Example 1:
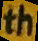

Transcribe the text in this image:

th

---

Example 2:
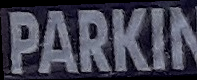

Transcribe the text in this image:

PARKI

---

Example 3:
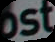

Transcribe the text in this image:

ost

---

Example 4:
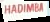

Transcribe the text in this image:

HADIMBA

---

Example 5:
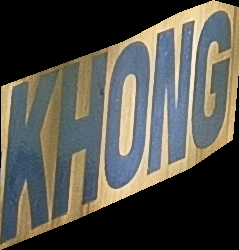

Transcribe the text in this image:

KHONG